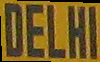
DELHI